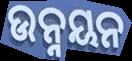
ଉନ୍ନୟନ